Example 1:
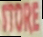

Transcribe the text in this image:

STORE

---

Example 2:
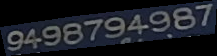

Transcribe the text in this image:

9498794987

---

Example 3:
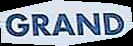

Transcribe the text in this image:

GRAND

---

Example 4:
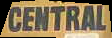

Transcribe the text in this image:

CENTRAL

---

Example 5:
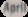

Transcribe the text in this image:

April